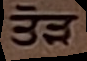
ਤੋੜ